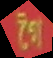
গৈ